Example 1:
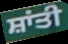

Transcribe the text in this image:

ਸ਼ਾਂਤੀ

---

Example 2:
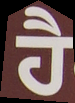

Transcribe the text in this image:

ਹੈ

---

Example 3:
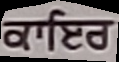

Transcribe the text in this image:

ਕਾਇਰ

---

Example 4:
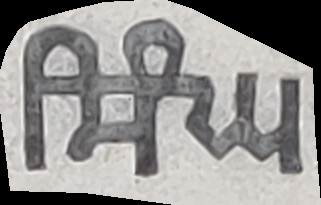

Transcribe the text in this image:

ਸਿੰਘ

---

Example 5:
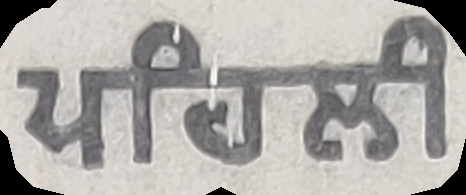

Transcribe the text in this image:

ਪਹਿਲੀ